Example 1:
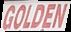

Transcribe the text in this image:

GOLDEN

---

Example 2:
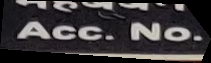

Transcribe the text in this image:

Acc.No.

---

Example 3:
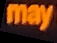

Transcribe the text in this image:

may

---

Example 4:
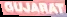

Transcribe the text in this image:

GUJARAT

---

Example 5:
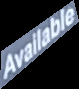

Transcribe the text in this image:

Available